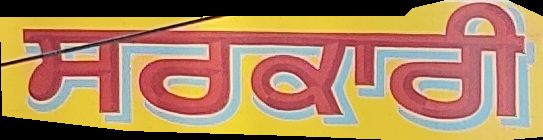
ਸਰਕਾਰੀ